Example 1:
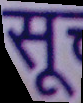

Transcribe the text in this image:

सूच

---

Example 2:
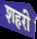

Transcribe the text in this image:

शहरी।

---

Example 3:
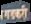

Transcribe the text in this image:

गडकरी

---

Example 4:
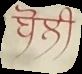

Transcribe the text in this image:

घॆਲੀ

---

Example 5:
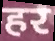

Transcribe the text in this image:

हर